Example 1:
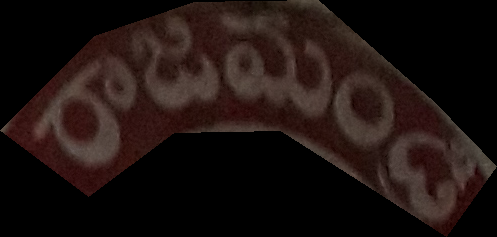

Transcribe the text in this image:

రాజమండ్రి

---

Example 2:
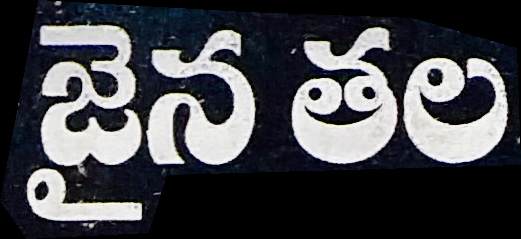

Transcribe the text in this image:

జైనతల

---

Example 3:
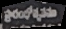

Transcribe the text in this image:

ప్రారంభోత్సవము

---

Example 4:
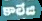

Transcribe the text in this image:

కాలేజ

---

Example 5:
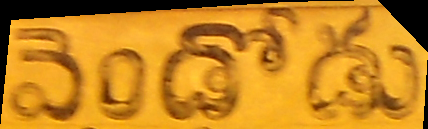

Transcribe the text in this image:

వెండోడు